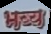
भय्य